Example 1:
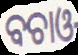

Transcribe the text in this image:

ବଚାଓ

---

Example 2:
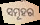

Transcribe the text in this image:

ସମ୍ଭହର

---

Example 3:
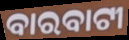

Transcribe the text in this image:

ବାରବାଟୀ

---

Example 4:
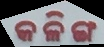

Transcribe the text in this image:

କଲିଙ୍ଗ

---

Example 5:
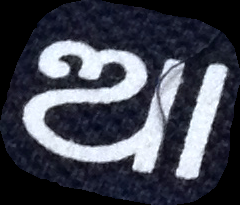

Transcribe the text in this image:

ଆ